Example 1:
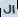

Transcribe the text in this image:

JI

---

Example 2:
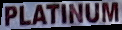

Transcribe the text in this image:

PLATINUM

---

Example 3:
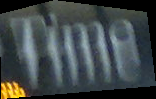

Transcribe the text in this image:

Time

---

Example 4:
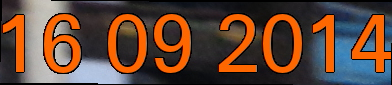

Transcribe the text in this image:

16092014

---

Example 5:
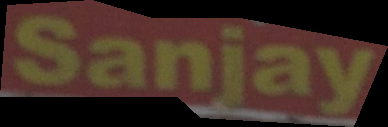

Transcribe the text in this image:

Sanjay